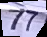
77